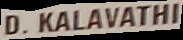
D.KALAVATHI